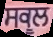
ਸਕੂਲ